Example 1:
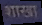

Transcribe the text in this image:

शाखा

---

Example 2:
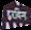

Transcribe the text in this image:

इरविन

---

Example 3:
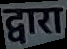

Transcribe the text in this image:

द्वारा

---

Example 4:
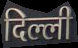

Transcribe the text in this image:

दिल्ली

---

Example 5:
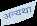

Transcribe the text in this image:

अन्यथा